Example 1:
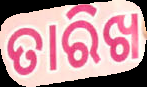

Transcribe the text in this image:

ତାରିଖ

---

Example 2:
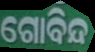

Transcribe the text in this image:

ଗୋବିନ୍ଦ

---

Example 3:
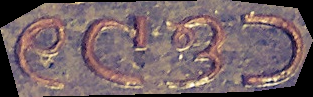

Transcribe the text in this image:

୧୯୭)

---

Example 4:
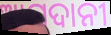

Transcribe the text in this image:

ଦାନୀ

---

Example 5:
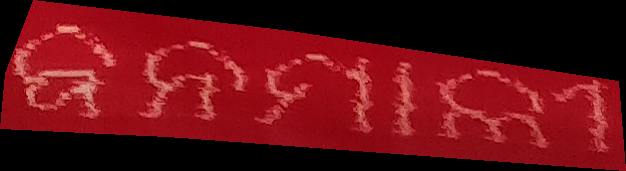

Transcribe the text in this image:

ଜନମାଳୀ